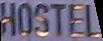
HOSTEL